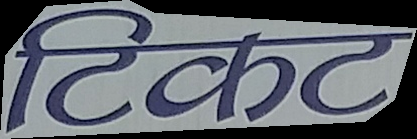
टिकट